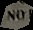
NO